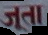
जूता